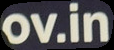
ov.in